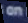
on